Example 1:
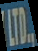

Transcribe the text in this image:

LTD.,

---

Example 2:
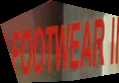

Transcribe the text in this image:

FOOTWEAR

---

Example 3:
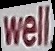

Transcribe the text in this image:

well.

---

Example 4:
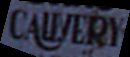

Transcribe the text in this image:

CAUVERY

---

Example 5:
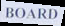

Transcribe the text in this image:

BOARD